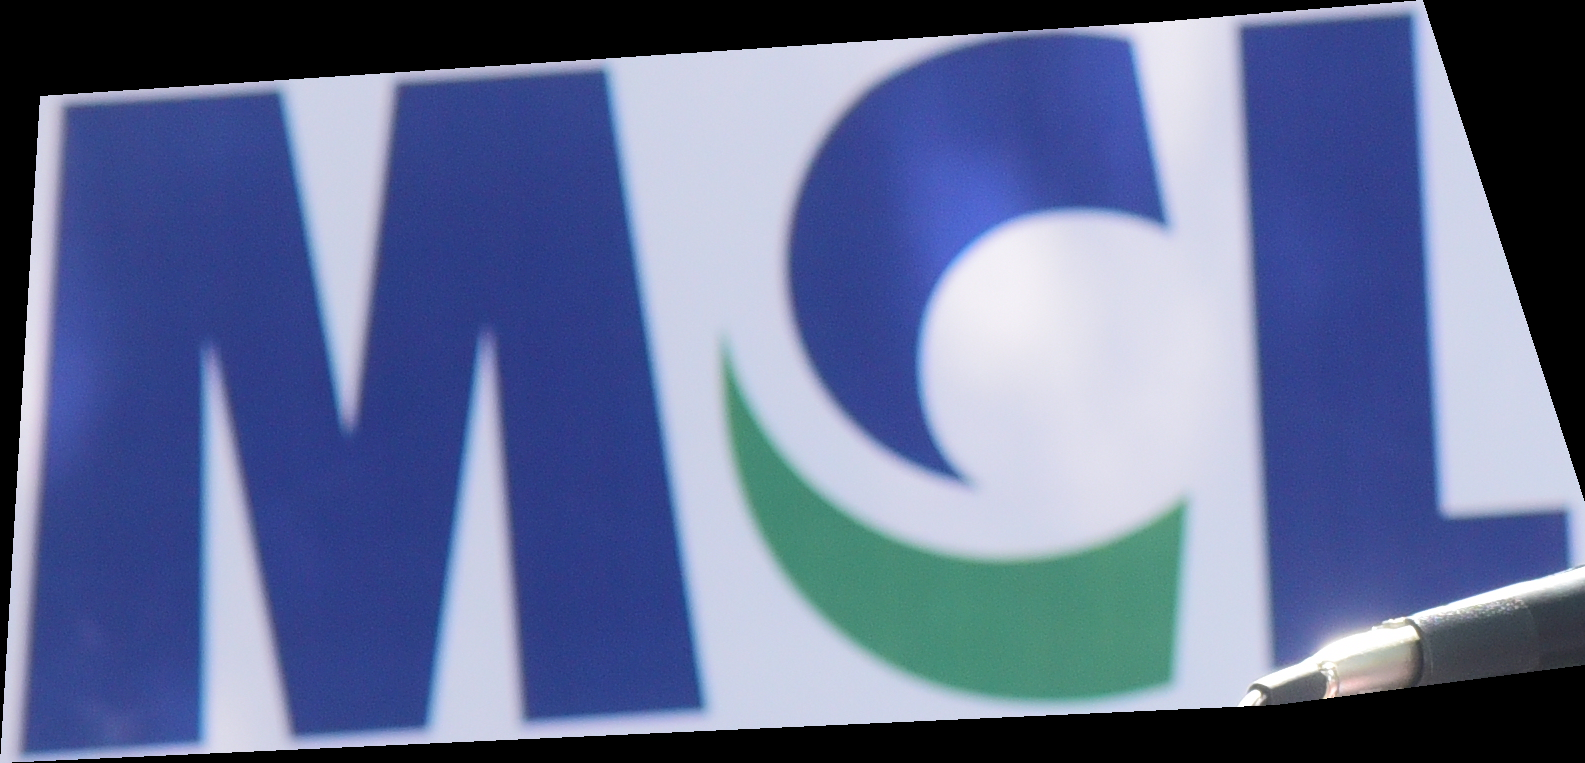
MCL